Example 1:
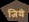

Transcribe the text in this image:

जिये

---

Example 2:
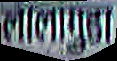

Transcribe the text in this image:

लालागुहा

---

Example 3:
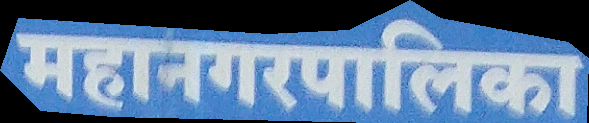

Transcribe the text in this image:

महानगरपालिका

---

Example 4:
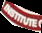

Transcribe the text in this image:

भ्यााचाच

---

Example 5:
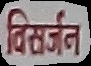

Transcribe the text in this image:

विसर्जन